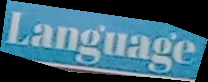
Language